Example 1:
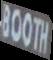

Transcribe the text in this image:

BOOTH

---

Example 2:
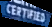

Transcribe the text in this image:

CERTIFIED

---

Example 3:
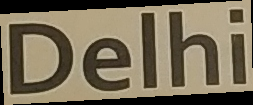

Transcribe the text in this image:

Delhi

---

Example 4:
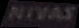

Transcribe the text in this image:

NIVAS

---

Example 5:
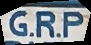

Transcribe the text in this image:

G.R.P